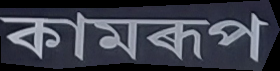
কামৰূপ